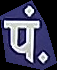
पं.